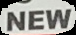
NEW